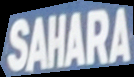
SAHARA